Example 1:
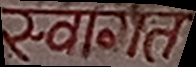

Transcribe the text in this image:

स्वागत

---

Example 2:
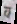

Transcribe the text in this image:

व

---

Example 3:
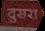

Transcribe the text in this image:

दुसरा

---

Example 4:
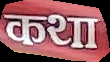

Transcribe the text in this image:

कथा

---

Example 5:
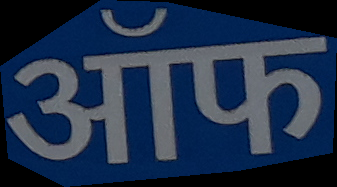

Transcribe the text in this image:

ऑफ